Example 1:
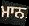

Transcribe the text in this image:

ਮਾਨ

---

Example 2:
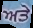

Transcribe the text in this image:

ਅਤੇ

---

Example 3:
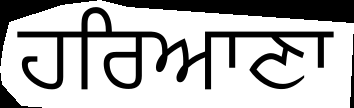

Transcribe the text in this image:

ਹਰਿਆਣਾ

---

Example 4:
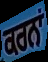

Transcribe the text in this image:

ਕਰਨਾਂ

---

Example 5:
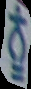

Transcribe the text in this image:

ਨੂੰ